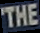
THE